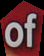
of